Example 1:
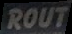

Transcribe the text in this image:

ROUT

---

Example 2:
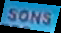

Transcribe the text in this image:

SONS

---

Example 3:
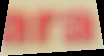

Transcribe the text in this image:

ara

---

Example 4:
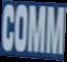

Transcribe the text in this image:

COMM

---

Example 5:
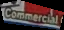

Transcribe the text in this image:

Commercial